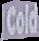
Cold